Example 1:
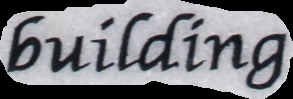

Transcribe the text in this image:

building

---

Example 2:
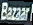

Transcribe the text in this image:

Bazaar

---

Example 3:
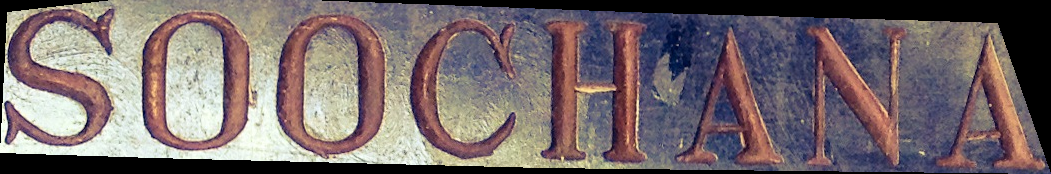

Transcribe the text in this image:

SOOCHANA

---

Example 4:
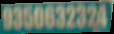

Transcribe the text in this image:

9350632324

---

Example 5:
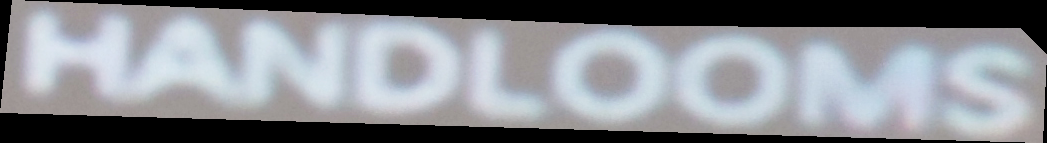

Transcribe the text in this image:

HANDLOOMS